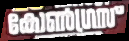
കോൺഗ്രസ്